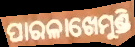
ପାରଳାଖେମୁଣ୍ଡି